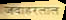
जवाहरलाल